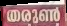
തരൂൺ